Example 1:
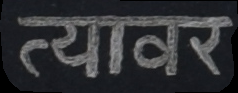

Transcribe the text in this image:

त्यावर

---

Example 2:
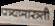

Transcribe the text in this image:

पश्चामारुती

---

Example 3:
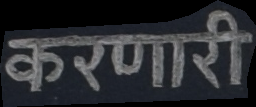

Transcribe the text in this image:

करणारी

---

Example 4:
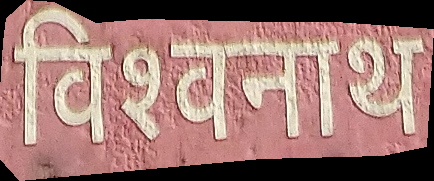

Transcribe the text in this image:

विश्वनाथ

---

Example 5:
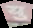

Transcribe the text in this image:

यु